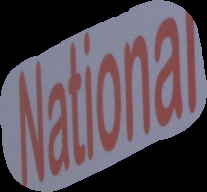
National